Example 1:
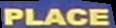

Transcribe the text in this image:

PLACE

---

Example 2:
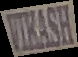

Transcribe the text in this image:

VIKASH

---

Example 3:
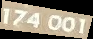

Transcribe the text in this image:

174001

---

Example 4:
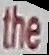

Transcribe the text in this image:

the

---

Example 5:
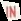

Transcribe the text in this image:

IN